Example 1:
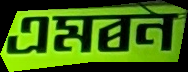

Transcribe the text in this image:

এমৰন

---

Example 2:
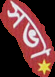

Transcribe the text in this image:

সভা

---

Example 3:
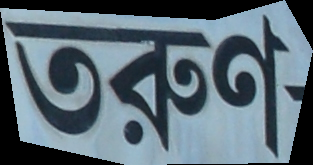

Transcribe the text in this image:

তরুণ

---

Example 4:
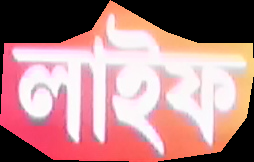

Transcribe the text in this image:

লাইফ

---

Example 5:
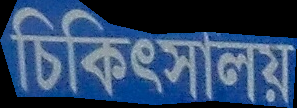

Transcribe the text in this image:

চিকিৎসালয়